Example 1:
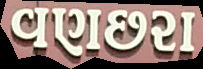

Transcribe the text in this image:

વણછરા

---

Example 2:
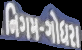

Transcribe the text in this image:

નિગમ-ગોધરા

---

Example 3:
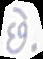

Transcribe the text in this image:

છે,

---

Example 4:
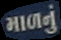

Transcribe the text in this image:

માળનું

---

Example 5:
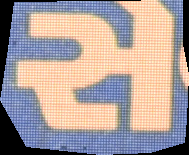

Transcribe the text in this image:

સે